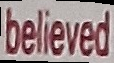
believed